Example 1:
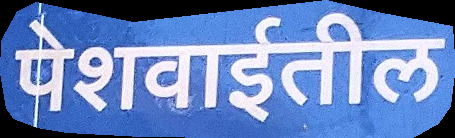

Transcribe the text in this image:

पेशवाईतील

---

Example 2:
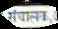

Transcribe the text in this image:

संचालक,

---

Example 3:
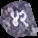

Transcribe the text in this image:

४२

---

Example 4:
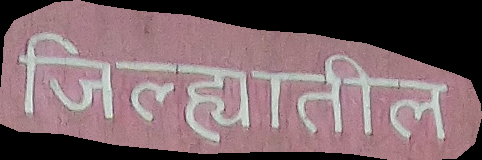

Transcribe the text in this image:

जिल्ह्यातील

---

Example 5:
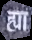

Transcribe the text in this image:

ह्या